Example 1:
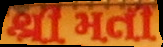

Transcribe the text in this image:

શ્રીમતી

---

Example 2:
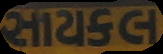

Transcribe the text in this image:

સાયકલ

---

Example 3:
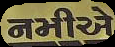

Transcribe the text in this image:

નમીએ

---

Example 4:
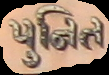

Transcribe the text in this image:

પુનિત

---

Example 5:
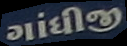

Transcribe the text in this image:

ગાયરજી